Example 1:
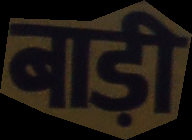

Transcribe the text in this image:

बाड़ी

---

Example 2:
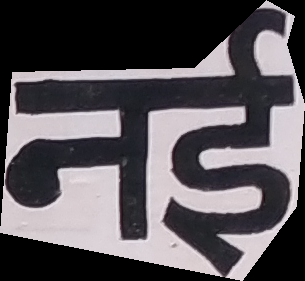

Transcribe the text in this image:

नई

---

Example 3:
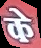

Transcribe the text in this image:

के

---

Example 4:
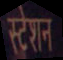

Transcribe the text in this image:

स्टेशन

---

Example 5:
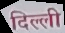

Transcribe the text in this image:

दिल्ली